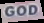
GOD